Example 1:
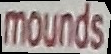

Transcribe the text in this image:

mounds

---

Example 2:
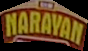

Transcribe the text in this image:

NARAYAN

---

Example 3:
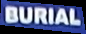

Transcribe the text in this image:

BURIAL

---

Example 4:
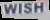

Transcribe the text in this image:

WISH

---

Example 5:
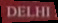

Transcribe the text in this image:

DELHI